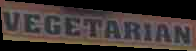
VEGETARIAN